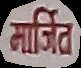
मार्जित